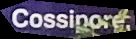
Cossinore,